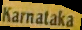
Karnataka